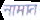
सामान